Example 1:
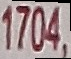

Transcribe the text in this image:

1704,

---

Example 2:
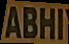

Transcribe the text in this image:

ABHI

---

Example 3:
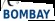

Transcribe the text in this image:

BOMBAY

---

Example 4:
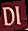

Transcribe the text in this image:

DI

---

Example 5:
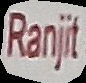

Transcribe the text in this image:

Ranjit